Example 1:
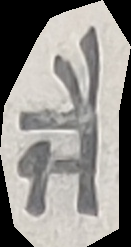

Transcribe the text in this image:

ਜੈ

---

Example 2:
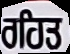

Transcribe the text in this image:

ਰਹਿਤ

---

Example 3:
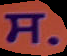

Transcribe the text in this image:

ਸ.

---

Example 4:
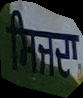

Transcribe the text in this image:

ਸਿਜਦਾ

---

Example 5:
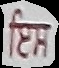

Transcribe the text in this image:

ਇਸ